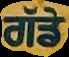
ਗੱਡੇ